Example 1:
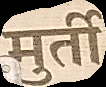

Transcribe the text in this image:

मुर्ती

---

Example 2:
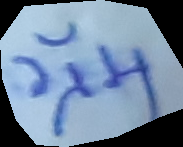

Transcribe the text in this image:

ग्रॅम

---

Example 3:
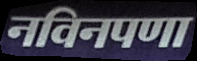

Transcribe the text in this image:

नविनपणा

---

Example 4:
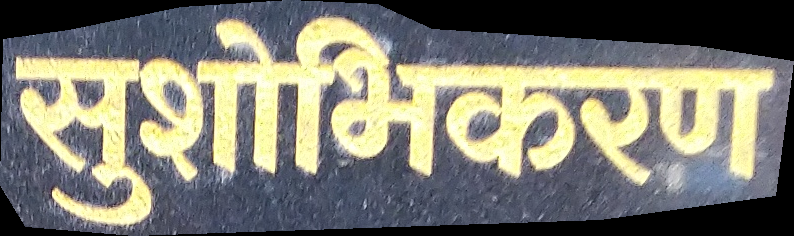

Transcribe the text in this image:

सुशोभिकरण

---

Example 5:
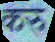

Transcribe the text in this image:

करु